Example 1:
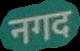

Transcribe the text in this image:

नगद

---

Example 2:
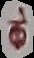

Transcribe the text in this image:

के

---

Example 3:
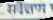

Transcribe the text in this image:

सर्वेक्षण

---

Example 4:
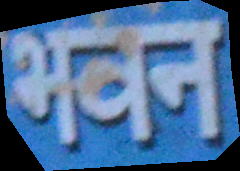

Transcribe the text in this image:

भवन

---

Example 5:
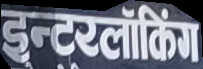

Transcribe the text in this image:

इन्टरलॉकिंग